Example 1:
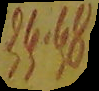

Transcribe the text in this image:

१५-५४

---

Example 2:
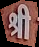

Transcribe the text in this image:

श्री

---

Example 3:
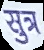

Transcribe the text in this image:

सुत्र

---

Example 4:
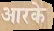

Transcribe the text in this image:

आरके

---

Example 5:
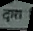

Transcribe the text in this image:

दारा